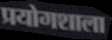
प्रयोगशाला